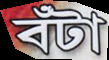
বঁটা